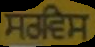
ਸਰਵਿਸ